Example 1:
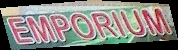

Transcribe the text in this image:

EMPORIUM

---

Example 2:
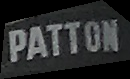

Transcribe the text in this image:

PATTON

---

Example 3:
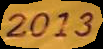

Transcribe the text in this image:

2013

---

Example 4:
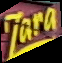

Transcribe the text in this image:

Zara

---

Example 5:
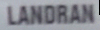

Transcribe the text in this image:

LANDRAN